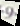
9.